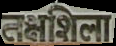
तक्षशिला